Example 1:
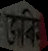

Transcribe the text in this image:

ভৰি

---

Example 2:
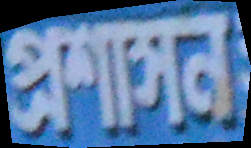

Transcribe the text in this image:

প্ৰশাসন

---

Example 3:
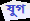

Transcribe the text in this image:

যুগ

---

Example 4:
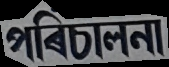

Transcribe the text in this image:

পৰিচালনা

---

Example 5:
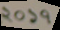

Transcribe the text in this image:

২০১৭